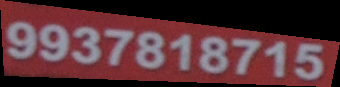
9937818715